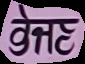
ਭੇਜਣ